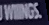
WINNINGS.